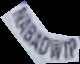
NABADWIP